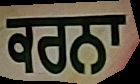
ਕਰਨਾ